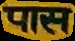
पास